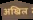
अखिल